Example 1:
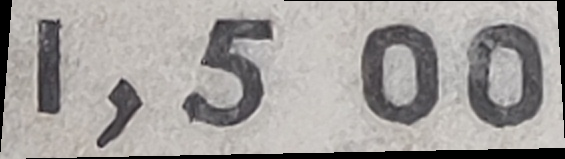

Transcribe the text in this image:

1,500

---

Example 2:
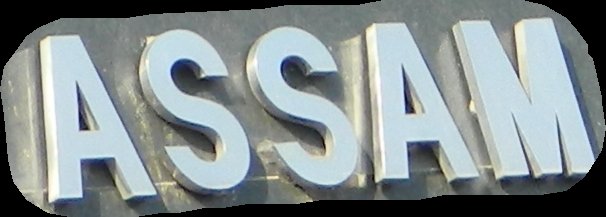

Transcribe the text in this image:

ASSAM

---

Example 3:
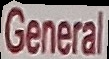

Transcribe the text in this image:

General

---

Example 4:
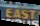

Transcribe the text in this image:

EAST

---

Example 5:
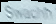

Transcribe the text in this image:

Swachh